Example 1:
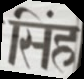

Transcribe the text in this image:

सिंह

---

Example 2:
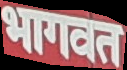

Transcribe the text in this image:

भागवत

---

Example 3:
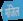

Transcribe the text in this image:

मंजिल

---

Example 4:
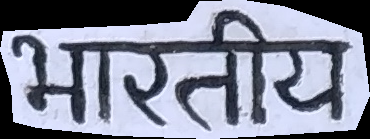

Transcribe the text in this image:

भारतीय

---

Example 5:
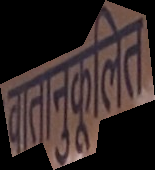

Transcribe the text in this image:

वातानुकूलित